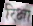
रिक्षा